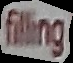
filling